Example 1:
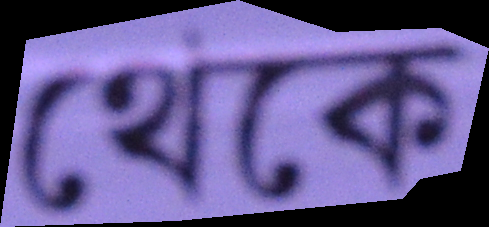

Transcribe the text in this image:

থেকে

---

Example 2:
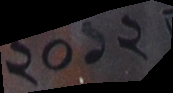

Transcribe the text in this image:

২০১২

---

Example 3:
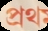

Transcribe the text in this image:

প্ৰথম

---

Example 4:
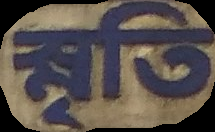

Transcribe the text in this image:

স্মৃতি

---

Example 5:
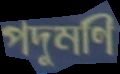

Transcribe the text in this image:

গদুমণি